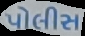
પોલીસ